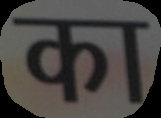
का